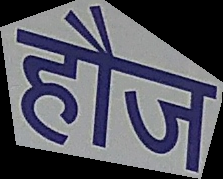
हौज